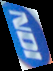
NOI